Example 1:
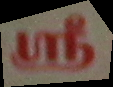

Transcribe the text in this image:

ஸ்ரீ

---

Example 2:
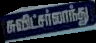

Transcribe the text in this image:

சுவிட்சர்லாந்து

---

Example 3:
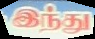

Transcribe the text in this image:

இந்து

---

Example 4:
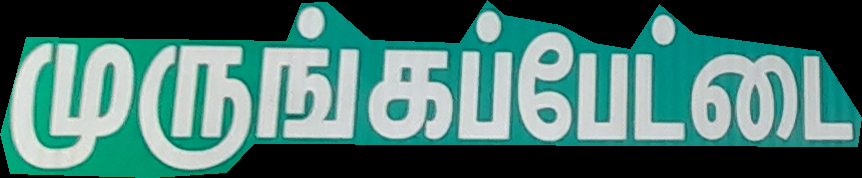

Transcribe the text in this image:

முருங்கப்பேட்டை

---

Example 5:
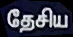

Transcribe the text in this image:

தேசிய